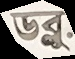
ডব্লু .